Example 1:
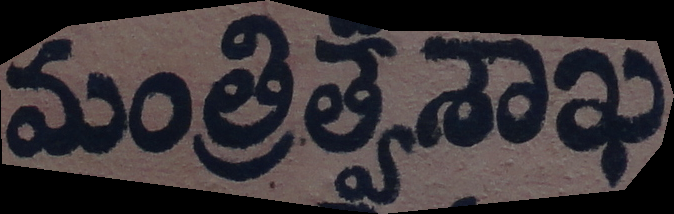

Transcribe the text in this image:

మంత్రిత్వశాఖ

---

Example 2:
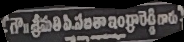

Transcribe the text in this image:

గౌ|| శ్రీమతి పి.సబితా ఇంద్రారెడ్డి గారు"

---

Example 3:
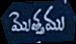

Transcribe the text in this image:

మొశ్చము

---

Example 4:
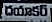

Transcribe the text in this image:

దయాకర్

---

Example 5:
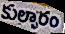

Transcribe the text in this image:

కుల్చారం